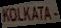
KOLKATA-